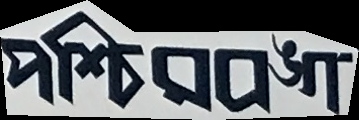
পশ্চিমএসা